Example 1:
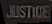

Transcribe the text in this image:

JUSTICE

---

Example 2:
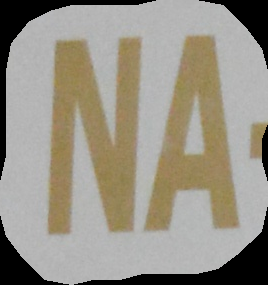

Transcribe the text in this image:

na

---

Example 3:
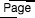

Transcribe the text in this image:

Page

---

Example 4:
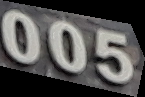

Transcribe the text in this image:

005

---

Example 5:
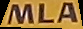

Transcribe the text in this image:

MLA